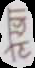
लेखा